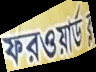
ফরওয়ার্ড